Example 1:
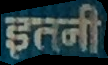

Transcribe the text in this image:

इतनी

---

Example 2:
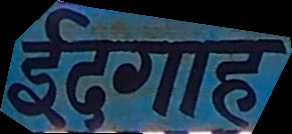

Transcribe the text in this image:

ईदगाह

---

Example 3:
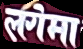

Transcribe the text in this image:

लगेमा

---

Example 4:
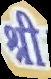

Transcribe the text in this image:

श्री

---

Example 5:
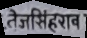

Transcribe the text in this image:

तेजसिंहराव